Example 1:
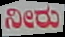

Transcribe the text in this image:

ನೀರು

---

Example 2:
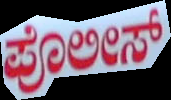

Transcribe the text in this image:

ಪೊಲೀಸ್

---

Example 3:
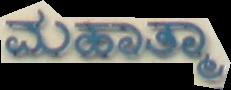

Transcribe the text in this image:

ಮಹಾತ್ಮ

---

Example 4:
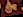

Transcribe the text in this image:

ಶ್ರೀ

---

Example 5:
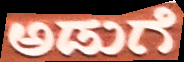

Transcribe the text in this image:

ಅಡುಗ